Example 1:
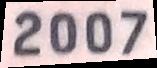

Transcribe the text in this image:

2007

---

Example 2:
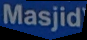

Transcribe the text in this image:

Masjid)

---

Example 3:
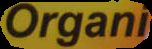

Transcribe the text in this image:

Organi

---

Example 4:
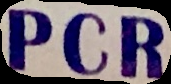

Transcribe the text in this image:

PCR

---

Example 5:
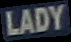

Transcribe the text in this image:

LADY